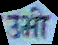
उभी